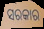
ସରକାର